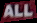
ALL